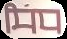
ਸਿਂਧ